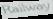
Railway